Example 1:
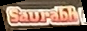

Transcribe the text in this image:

Saurabh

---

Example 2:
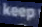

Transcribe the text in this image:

keep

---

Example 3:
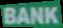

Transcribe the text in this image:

BANK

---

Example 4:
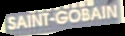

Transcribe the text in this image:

SAINT-GOBAIN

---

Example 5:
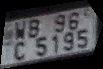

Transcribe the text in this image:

WB96C5195